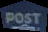
POST